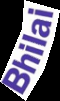
Bhilai